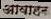
आवाहन